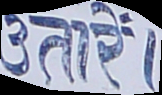
उतारें ।